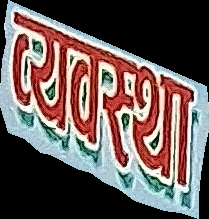
व्यवस्था